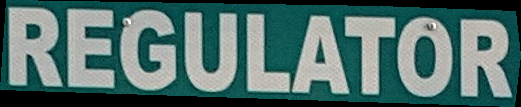
REGULATOR